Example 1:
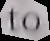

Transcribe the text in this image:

to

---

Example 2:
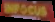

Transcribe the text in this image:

INFOCUS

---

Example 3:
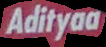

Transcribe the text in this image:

Adityaa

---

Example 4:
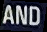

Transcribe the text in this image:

AND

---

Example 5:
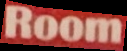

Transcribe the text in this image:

Room